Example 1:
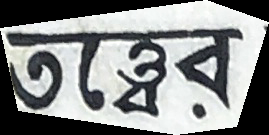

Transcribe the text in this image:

তত্ত্বের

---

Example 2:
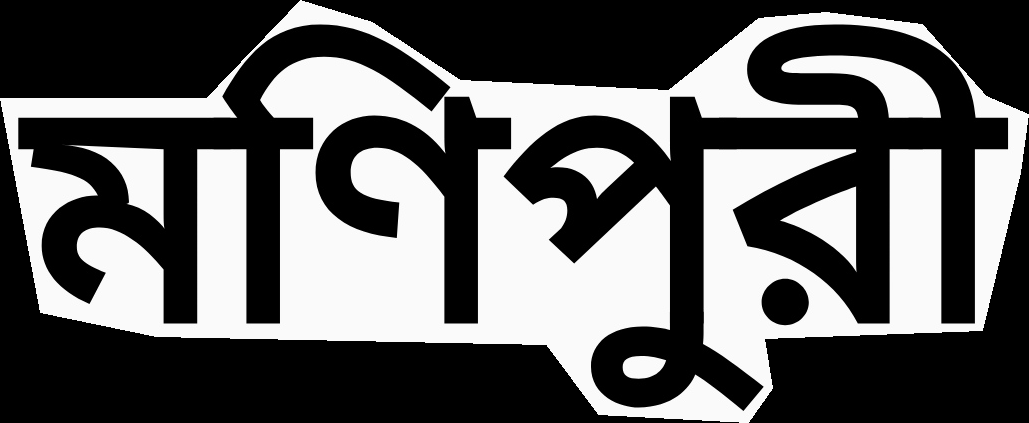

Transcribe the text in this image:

মণিপুরী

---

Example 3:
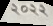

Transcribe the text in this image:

২০২২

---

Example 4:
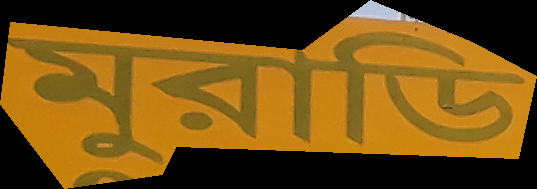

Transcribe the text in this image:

মুরাডি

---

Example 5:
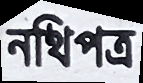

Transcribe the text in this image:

নথিপত্র